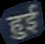
हुई